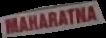
MAHARATNA